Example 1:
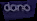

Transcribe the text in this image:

dono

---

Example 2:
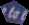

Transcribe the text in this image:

to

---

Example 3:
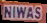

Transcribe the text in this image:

NIWAS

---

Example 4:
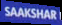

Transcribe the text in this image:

SAAKSHAR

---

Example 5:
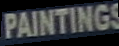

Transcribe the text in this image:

PAINTINGS